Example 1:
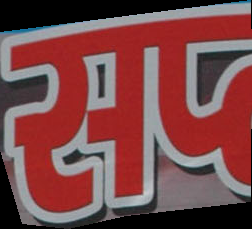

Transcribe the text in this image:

सप्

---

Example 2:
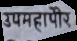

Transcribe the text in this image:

उपमहापौर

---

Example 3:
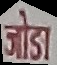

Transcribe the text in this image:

जोडा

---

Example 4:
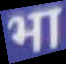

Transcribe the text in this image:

भा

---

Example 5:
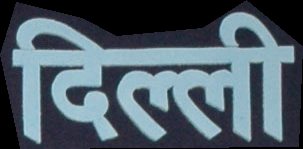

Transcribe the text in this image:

दिल्ली